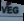
VEG